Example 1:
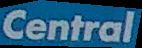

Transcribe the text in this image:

Central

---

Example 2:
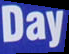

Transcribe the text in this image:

Day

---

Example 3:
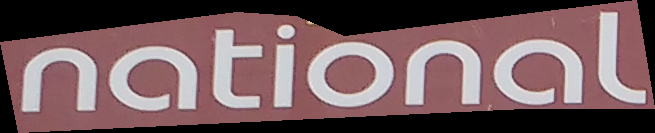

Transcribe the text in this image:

national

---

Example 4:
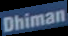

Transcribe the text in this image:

Dhiman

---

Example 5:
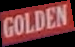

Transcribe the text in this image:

GOLDEN